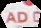
AD